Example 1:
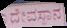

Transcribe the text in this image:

ದೇವಸಾನ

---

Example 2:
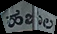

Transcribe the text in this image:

ಹೆಲ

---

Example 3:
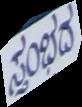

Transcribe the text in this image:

ಸ್ತಂಭವ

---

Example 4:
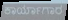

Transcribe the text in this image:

ಕಾಯಾ೯ಗಾರ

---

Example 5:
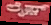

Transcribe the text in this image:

ಲೈಫ್